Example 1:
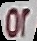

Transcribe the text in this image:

or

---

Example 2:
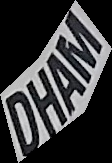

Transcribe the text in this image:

DHAM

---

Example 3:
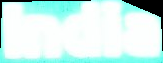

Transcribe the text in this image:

India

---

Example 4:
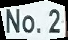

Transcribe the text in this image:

No.2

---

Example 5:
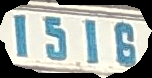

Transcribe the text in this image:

1516